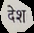
देश